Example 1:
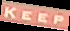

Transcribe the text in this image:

KEEP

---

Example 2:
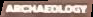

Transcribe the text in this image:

ARCHAEOLOGY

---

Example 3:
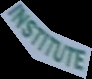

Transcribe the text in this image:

INSTITUTE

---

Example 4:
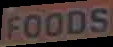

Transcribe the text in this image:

FOODS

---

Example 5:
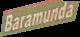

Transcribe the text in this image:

Baramunda